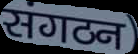
संगठन